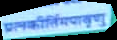
प्रत्नकीर्तिमपासृणु